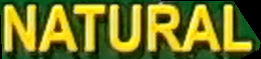
NATURAL